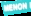
MENON